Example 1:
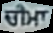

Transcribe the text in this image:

ਚੀਮਾ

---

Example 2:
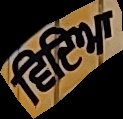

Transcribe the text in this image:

ਵਿਦਿਆ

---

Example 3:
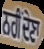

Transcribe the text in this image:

ਨਰੀਂ ਦੇਣ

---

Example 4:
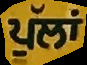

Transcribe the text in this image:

ਪੁੱਲਾ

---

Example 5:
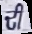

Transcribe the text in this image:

ਦੀ